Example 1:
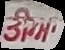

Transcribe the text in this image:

ਤੀਆ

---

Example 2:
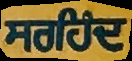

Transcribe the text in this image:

ਸਰਹਿੰਦ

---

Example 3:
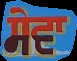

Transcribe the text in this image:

ਸੇਵਾ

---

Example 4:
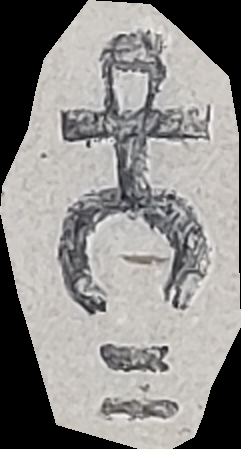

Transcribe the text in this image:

ਨੂੰ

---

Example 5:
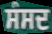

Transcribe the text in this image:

ਸੰਸਦ